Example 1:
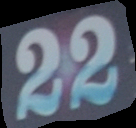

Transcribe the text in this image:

22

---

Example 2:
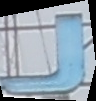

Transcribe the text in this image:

J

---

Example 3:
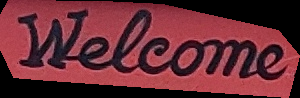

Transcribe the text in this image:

Welcome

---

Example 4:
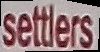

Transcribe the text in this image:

settlers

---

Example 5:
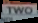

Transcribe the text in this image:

TWO